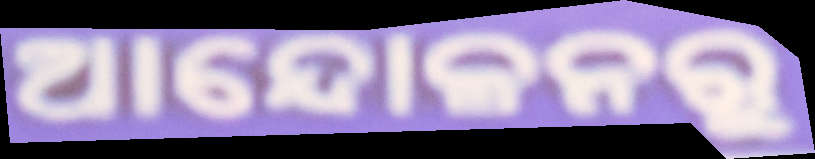
ଆନ୍ଦୋଳନରୁ